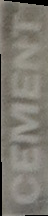
CEMENT